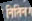
नितिन